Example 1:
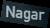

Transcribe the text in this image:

Nagar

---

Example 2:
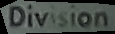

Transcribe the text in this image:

Division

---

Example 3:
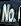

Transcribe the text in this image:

No.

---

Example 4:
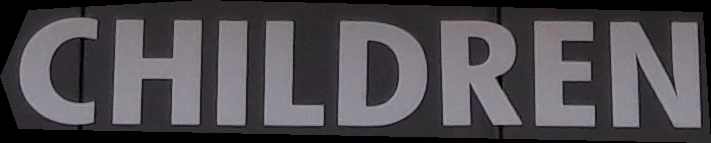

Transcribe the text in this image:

CHILDREN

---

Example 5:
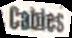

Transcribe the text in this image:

Cables